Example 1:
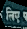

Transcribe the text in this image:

लिए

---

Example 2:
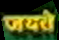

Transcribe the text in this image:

जयरो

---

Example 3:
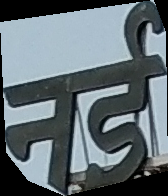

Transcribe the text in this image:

नई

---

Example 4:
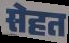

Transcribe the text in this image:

सेहत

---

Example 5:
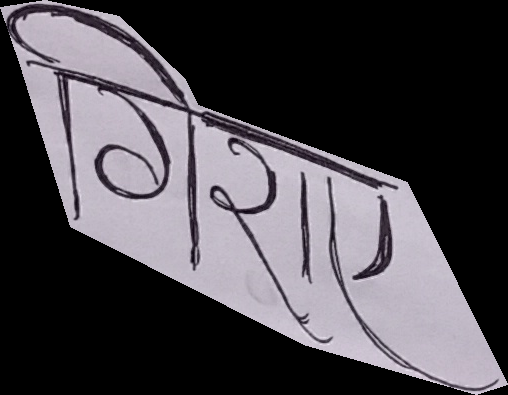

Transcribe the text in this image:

गिराए